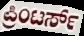
ಪ್ರಿಂಟಸ್೯